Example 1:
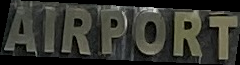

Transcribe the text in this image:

AIRPORT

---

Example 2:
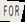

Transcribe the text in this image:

FOR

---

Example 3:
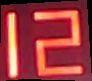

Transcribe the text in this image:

12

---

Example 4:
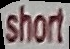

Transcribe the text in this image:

short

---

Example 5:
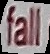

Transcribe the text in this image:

fall